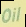
Oil